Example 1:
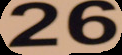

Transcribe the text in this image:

26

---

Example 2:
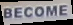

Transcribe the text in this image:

BECOME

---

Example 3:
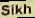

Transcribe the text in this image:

Sikh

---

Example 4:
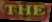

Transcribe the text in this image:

THE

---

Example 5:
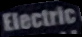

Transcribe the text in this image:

Electric